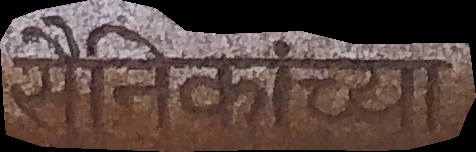
सैनिकांच्या